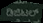
ಡಿಜಟಲ್